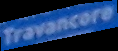
Travancore